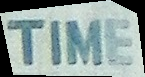
TIME